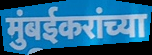
मुंबईकरांच्या